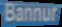
Bannur